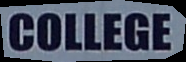
COLLEGE